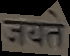
जयते